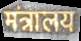
मंत्रालय